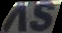
AS